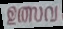
ഉത്സവ